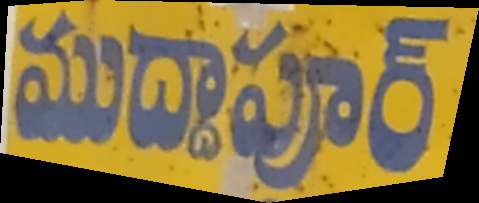
ముద్దాపూర్